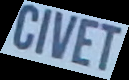
CIVET